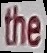
the